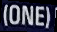
(ONE)